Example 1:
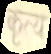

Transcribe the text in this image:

कृत्य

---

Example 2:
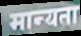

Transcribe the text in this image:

मान्यता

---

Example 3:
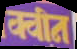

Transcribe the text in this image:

क्वीन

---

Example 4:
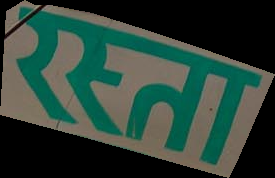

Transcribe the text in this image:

रस्ता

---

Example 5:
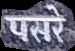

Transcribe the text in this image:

पसरे